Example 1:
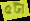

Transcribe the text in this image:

৫টা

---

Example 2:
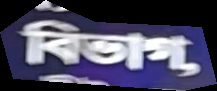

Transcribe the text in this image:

বিভাগ,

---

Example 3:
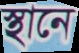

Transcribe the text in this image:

স্থানে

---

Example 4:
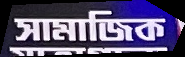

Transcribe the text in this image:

সামাজিক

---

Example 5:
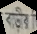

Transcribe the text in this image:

বাড়ীর